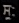
ਸੁਃ